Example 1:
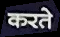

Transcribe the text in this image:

करते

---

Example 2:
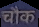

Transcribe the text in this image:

चौक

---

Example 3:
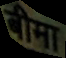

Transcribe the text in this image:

बीमा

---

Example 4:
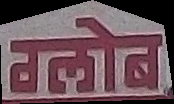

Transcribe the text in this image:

ग्लोब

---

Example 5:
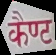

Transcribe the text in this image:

कैण्ट